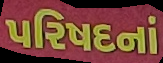
પરિષદનાં